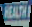
HEALTH